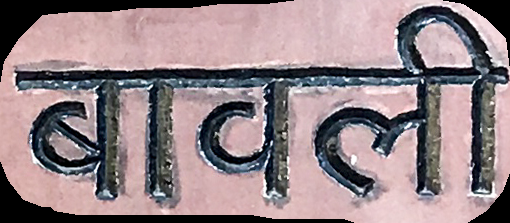
बावली